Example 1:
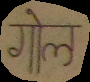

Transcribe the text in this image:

गोल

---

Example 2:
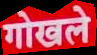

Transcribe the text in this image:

गोखले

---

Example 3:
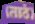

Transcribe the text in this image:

(ताठे)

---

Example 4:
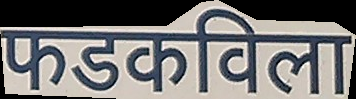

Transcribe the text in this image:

फडकविला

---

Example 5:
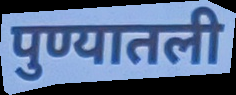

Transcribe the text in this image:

पुण्यातली